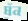
ਥੱਕ